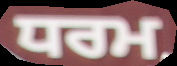
ਧਰਮ